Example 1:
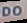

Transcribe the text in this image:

DO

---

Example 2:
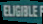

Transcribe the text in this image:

ELIGIBLE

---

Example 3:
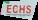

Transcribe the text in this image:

ECHS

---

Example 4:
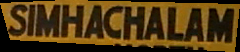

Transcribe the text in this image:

SIMHACHALAM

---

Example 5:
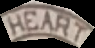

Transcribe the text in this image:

HEART